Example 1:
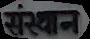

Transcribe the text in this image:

संस्थान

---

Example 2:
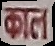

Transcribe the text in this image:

काल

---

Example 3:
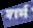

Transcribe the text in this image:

शर्म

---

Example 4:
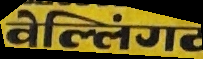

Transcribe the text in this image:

वेल्लिंगट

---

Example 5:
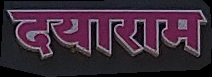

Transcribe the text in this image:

दयाराम